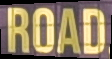
ROAD